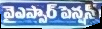
వైఎస్సార్ పెన్షన్